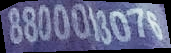
8800013076